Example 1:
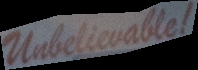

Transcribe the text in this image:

Unbelievable!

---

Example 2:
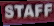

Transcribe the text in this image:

STAFF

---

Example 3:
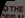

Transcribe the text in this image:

OTHE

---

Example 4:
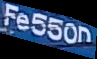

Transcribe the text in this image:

FE55ON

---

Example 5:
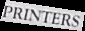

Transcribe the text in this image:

PRINTERS